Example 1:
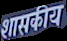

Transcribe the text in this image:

शासकीय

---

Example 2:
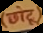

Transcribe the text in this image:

(छोटूू)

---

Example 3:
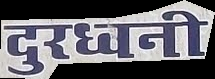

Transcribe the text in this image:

दुरध्वनी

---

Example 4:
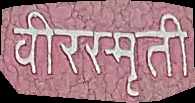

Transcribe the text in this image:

वीरस्मृती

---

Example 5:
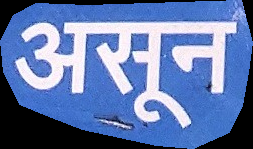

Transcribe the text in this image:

असून